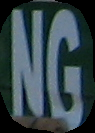
NG